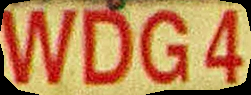
WDG4